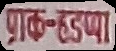
प्राक-हडप्पा